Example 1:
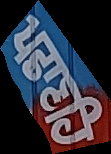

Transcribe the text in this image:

ਪਛਾਣਹਿ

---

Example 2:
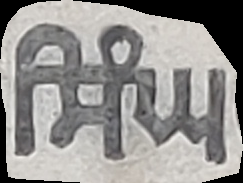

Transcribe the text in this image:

ਸਿੰਘ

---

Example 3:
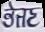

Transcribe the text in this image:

ਭੇਜਣ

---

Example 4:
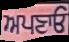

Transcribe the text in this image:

ਅਪਣਾਓ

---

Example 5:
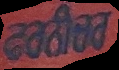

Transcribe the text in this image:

ਫਰਨੀਚਰ